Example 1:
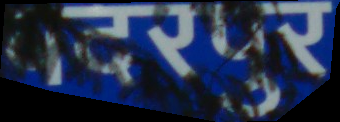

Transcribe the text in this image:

बदरपुर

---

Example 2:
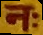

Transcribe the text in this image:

नः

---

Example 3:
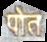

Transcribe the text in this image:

पोत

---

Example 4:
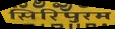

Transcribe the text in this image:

सिरिपुरम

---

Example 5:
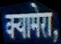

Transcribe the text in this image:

क्यामेरा,